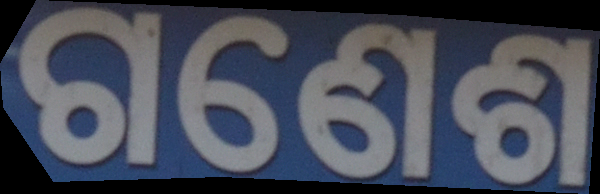
ଗଣେଶ